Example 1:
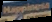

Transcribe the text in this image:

Happiness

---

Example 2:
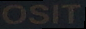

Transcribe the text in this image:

OSIT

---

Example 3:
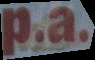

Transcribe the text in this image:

p.a.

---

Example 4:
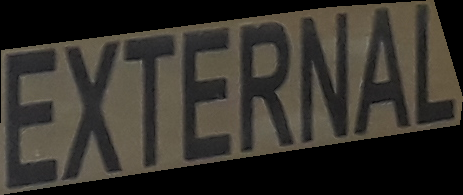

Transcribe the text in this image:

EXTERNAL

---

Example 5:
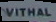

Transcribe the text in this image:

VITHAL